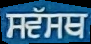
ਸਵੱਸਥ